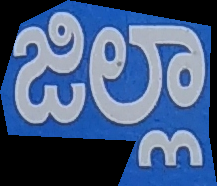
జిల్లా